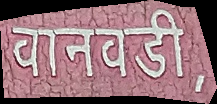
वानवडी,